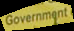
Government